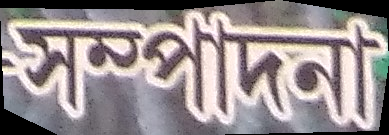
-সম্পাদনা